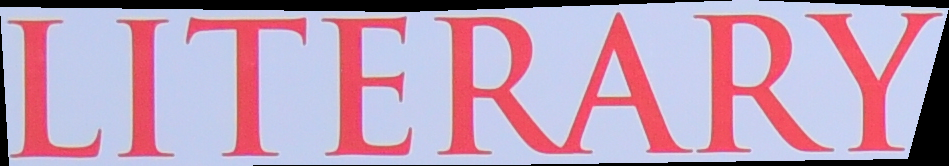
LITERARY